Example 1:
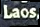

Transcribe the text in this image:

Laos,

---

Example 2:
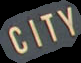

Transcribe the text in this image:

CITY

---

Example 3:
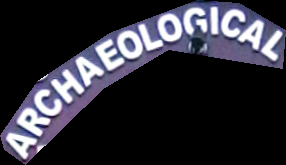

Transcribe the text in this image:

ARCHAEOLOGICAL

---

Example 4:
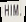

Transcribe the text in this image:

HIM.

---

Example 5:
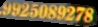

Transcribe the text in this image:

9925089278